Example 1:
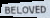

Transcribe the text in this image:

BELOVED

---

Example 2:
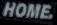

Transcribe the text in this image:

HOME.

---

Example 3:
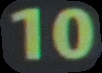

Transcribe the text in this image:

10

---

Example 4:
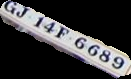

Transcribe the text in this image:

GJ14F6689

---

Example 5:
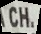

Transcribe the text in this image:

CH.